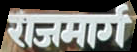
राजमार्ग